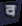
व